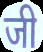
जी